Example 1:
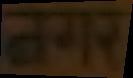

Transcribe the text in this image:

नगर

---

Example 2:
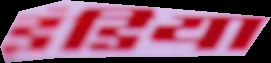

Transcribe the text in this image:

इंडिया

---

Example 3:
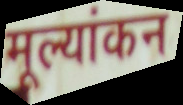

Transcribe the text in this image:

मूल्यांकन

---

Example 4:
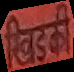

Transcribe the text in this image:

खिडकी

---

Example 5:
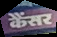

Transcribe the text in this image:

कैंसर